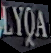
LYQA